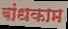
बांधकाम